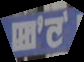
ꯀꯪꯂꯥ